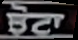
ਝੋਟਾ